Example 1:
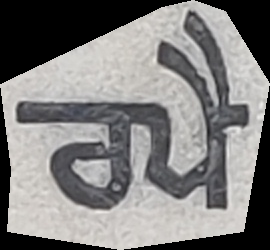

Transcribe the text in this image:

ਰਪੈ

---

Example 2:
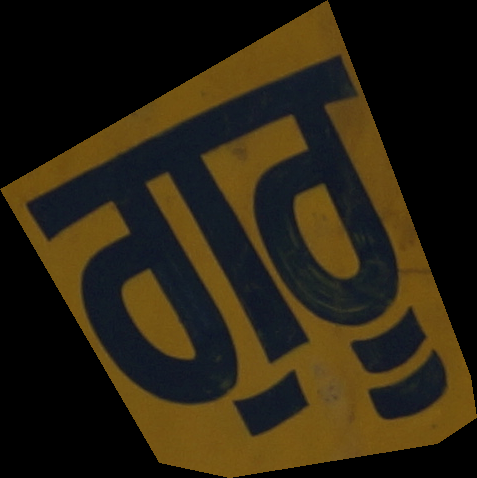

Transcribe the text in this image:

ਗੁਹੂ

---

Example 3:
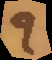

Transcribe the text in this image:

੧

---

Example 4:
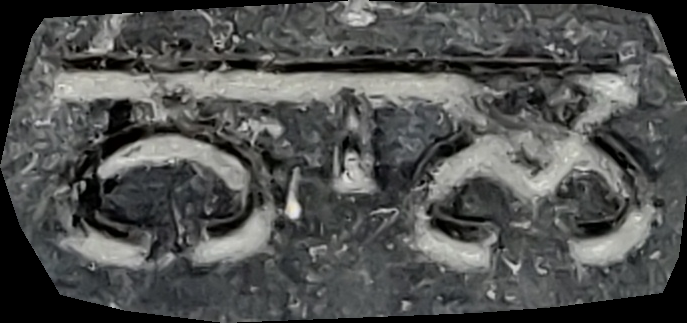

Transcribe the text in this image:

ਨਾਲ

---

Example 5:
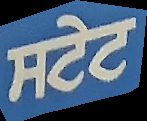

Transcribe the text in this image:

ਸਟੇਟ